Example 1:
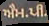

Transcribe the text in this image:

ਐਸ.ਪੀ.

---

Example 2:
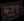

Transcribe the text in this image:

ਦਾ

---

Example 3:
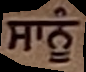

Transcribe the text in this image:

ਸਾਨੂੰ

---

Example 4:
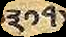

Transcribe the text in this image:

੩੭੧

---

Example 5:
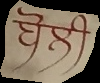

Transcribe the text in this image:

ਬੋਲੀ